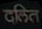
दलित